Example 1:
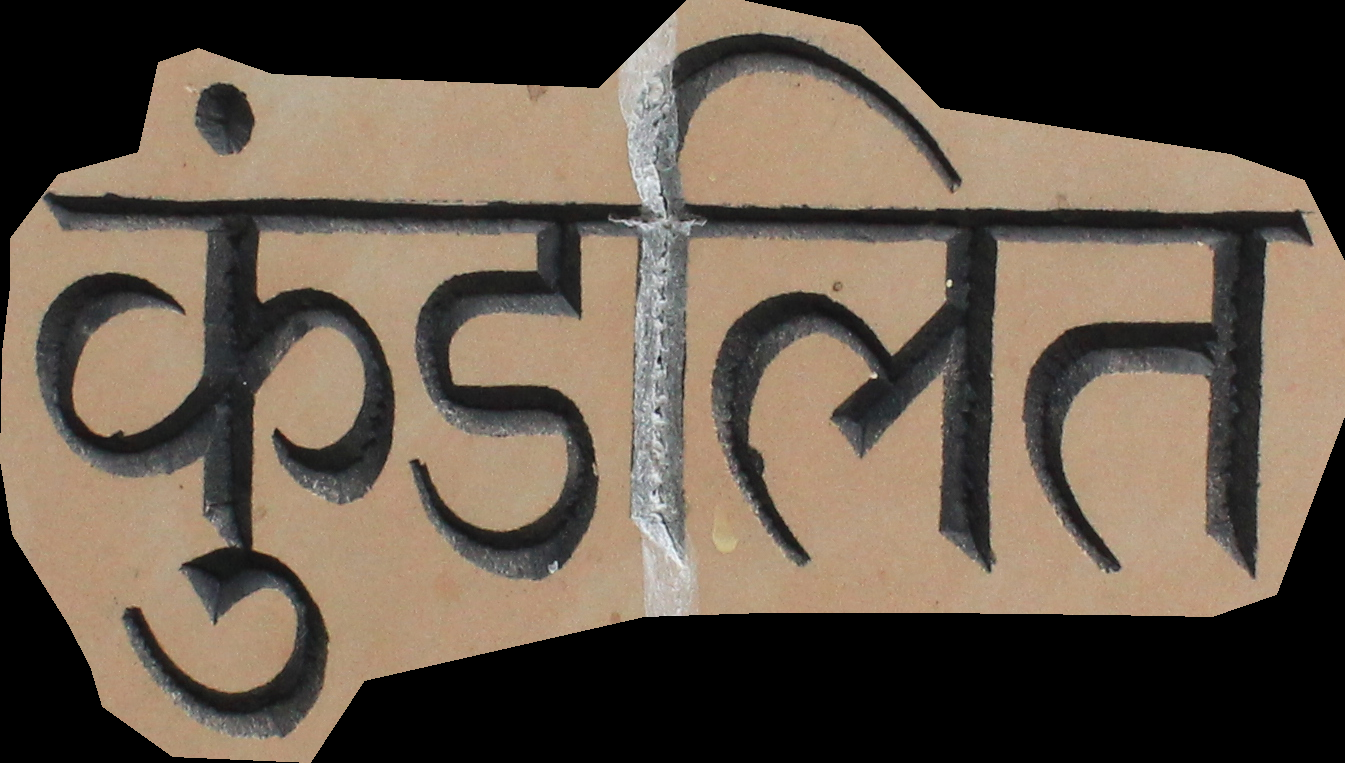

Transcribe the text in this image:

कुंडलित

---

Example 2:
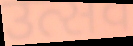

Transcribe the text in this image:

उत्सव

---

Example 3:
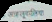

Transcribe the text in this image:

आहलूवालिया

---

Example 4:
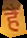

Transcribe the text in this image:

हैं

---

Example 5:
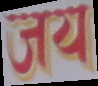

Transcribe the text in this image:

जय